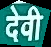
देवी